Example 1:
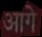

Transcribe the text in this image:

आगे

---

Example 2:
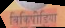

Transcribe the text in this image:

बिकिपीडिया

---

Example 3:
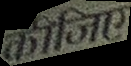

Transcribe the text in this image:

कीजिए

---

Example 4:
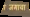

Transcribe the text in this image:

जमावा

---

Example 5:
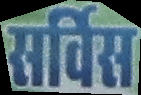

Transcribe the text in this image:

सर्विस